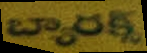
బ్యారక్స్